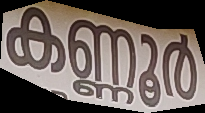
കണ്ണൂർ